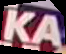
KA